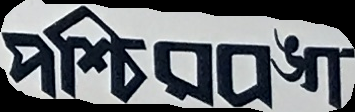
পশ্চিরবসা